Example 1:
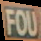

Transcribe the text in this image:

FOU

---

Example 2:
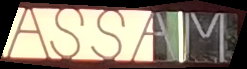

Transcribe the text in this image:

ASSAM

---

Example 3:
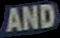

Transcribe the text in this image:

AND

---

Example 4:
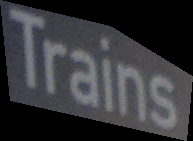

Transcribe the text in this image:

Trains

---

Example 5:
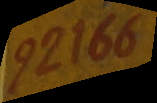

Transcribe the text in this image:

92166